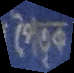
পৈতৃক